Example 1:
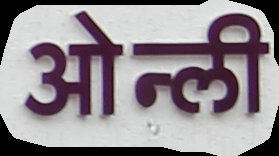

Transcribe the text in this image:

ओन्ली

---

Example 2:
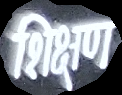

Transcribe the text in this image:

शिक्षण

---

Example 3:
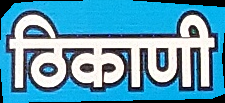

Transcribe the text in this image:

ठिकाणी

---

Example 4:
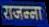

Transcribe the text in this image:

राजन्ना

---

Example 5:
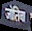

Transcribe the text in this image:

जोतिबा